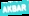
AKBAR